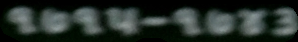
૧૭૧૫-૧૭૪૩